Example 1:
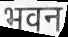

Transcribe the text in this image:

भवन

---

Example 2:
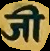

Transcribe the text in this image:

जी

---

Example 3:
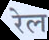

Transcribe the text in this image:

रेल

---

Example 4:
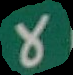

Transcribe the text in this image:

४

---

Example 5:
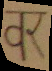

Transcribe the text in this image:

वर